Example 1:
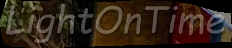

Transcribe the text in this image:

LightOnTime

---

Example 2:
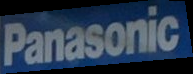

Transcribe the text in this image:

Panasonic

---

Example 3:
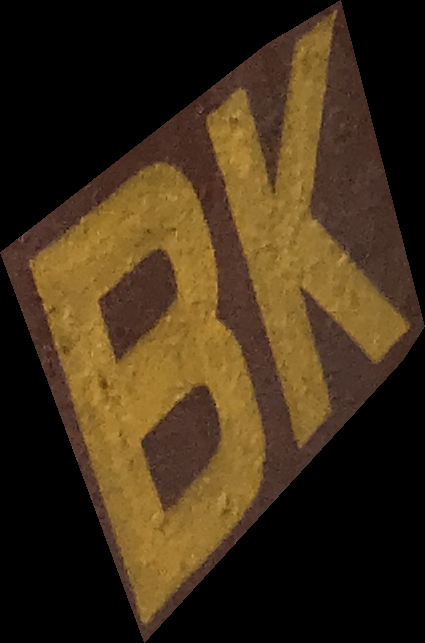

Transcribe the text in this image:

BK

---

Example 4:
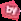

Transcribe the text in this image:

by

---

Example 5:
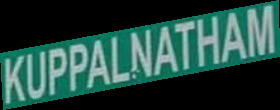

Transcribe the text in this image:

KUPPALNATHAM